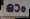
ഓം